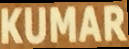
KUMAR